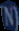
N)